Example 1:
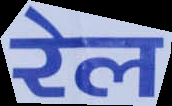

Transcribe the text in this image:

रेल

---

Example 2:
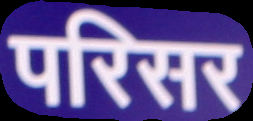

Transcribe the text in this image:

परिसर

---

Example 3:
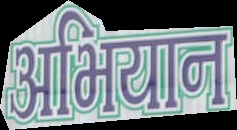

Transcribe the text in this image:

अभियान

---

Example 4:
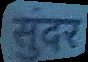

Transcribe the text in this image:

सुंदर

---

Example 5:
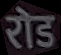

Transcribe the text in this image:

रोड